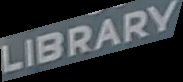
LIBRARY